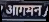
आगमन